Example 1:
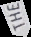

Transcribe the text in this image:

THE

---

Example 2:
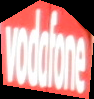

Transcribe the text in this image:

vodafone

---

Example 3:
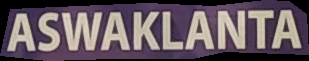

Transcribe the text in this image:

ASWAKLANTA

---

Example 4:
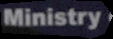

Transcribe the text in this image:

Ministry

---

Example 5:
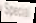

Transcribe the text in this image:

Special